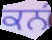
ਕਨੀ